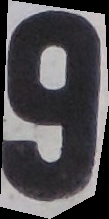
9